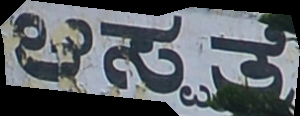
ಆಸ್ಪತ್ರೆ